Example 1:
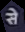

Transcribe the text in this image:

से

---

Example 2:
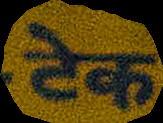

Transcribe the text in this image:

टेक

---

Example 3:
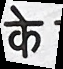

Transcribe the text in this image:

के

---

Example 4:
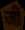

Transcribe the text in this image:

जों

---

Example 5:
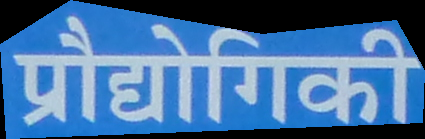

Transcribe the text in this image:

प्रौद्योगिकी